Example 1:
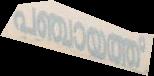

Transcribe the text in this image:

പഞ്ചായത്ത്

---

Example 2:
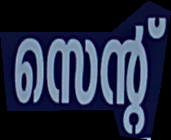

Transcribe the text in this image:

സെൻ്റ്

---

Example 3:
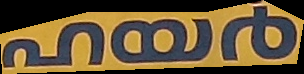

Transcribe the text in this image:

ഹയ൪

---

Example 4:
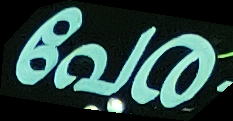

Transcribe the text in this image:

പേര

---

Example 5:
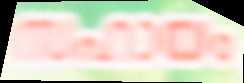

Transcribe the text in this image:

സഹായം